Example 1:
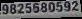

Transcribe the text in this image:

9825680592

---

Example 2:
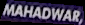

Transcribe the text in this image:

MAHADWAR,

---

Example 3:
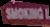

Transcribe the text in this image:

SMOKING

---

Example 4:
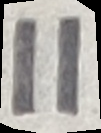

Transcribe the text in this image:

11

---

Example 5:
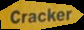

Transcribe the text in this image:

Cracker